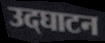
उद्‌घाटन